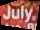
July.